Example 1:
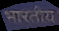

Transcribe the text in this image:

भारतीय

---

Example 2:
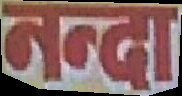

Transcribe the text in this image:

नन्दा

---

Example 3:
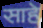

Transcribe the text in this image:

साहे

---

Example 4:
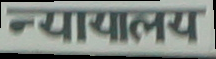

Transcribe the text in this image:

न्‍यायलय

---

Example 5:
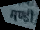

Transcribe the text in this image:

मण्ड़ी